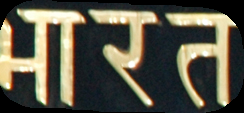
मारत